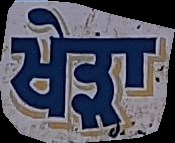
ਖੇੜਾ